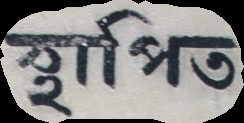
স্থাপিত